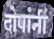
दोषांनी